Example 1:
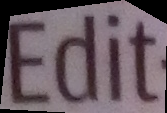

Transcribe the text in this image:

Edit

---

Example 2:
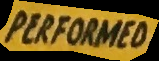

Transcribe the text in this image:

PERFORMED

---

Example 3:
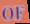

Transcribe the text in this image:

OF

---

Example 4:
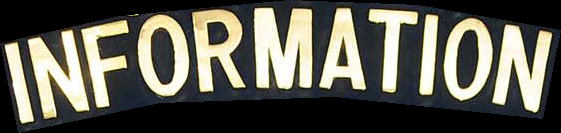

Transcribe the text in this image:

INFORMATION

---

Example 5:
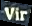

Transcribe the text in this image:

Vir